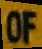
OF